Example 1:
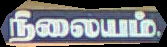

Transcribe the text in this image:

நிலையம்.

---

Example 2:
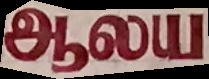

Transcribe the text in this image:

ஆலய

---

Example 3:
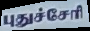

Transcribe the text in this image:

புதுச்சேரி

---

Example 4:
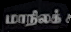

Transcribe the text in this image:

மாநிலக்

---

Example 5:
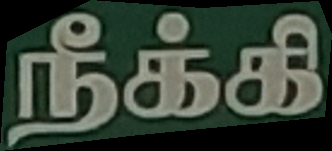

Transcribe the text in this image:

நீக்கி